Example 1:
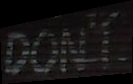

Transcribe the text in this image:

DON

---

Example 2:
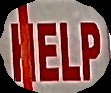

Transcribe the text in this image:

HELP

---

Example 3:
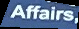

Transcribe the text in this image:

Affairs,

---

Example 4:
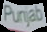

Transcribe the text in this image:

Punjab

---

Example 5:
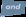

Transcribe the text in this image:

and